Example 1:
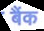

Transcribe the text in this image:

बैंक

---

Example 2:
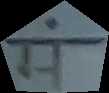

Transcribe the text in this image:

मं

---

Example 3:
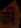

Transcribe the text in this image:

की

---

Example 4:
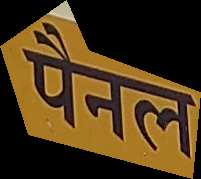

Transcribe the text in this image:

पैनल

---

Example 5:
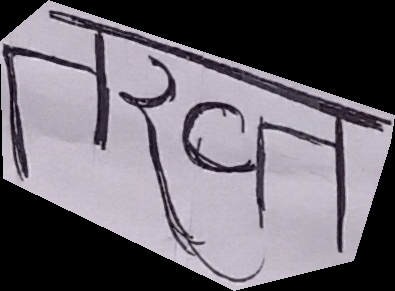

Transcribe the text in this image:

तख्त